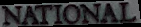
NATIONAL